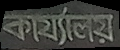
কাৰ্য্যালয়